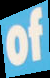
of